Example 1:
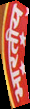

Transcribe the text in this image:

भारतीय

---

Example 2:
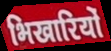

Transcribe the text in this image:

भिखारियों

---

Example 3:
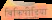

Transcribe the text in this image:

विकिपीडिया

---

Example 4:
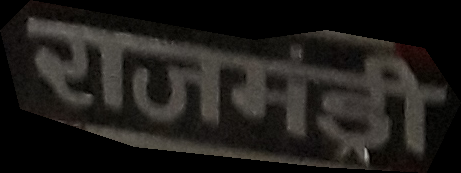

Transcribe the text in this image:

राजमंड्री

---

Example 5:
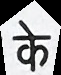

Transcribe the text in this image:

के